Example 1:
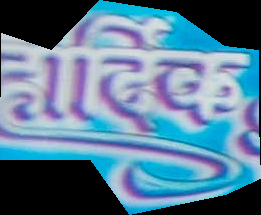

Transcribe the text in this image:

६१९९६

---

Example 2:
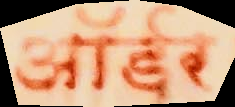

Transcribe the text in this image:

ऑर्डर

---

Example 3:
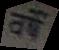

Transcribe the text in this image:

वर्षे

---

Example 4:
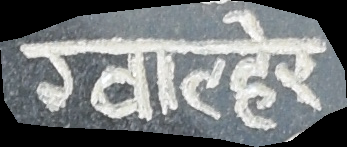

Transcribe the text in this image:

ग्वाल्हेर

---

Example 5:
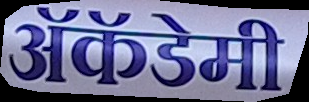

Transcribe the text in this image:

अ‍ॅकॅडेमी